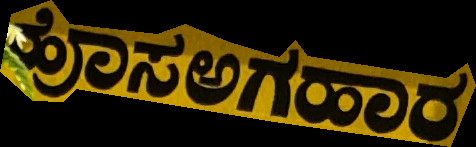
ಪೊಸಅಗಹಾರ